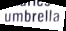
umbrella